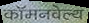
कॉमनवेल्थ